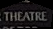
THEATRE